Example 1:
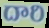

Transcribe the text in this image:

దారి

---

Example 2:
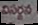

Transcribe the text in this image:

విసర్జన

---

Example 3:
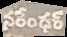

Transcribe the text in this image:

నరేంధర్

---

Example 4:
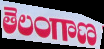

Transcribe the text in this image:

తెలంగాణ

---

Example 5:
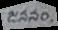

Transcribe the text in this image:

జననం